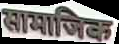
सामाजिक